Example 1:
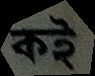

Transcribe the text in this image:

কই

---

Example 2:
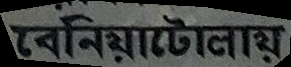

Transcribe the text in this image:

বেনিয়াটোলায়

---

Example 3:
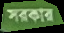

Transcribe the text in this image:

সরকার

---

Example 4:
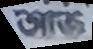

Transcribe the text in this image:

আজ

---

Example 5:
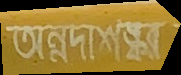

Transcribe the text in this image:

অন্নদাশস্বর